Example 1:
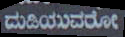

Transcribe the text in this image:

ಮಡಿಯುವರೋ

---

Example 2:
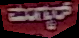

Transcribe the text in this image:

ಮಂಗ್ಬರ್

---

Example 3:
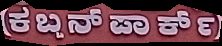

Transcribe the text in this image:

(ಕಬ್ಬನ್ ಪಾರ್ಕ್)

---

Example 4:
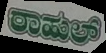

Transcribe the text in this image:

ರಾಹುಲ್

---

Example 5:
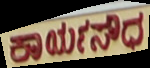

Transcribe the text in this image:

ಕಾರ್ಯಸೌಧ